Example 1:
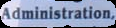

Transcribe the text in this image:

Administration,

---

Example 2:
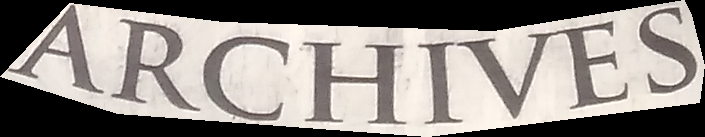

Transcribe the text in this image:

ARCHIVES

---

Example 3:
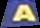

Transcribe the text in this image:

A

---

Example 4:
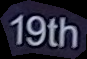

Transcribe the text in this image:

19th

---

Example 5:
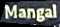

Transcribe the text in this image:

Mangal